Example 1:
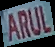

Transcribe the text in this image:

ARUL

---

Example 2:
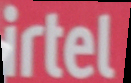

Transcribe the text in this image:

irtel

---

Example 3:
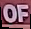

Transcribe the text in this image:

OF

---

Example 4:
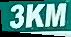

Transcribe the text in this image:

3KM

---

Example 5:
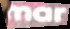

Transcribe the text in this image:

mar